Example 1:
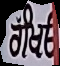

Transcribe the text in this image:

ਰੱਖਿ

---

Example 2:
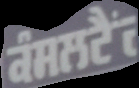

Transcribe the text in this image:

ਕੰਸਲਟੈ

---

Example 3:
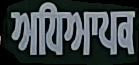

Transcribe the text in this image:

ਅਧਿਆਪਕ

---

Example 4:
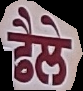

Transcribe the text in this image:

ਫੈਲੇ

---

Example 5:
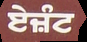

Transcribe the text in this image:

ਏਜ਼ੰਟ